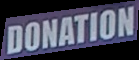
DONATION